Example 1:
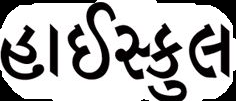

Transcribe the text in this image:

હાઈસ્કુલ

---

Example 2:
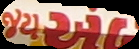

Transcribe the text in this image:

જ્ય અં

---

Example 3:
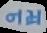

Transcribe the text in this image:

નમ્ર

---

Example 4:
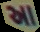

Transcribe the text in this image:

આ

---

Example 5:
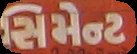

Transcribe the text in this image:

સિમેન્ટ